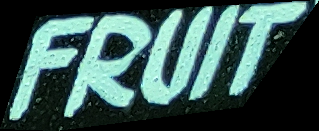
FRUIT